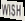
WISH